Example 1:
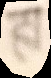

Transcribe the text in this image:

ह्य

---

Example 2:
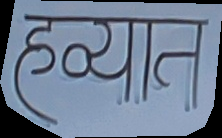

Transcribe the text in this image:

हव्यात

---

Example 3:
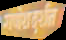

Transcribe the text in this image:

गणेश दर्शन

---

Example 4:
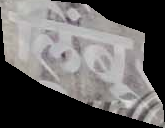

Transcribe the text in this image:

लिंबू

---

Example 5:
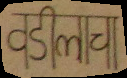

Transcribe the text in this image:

वडीलाचा